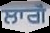
ਲਾਗੈ